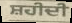
ਸ਼ਹੀਦੀ